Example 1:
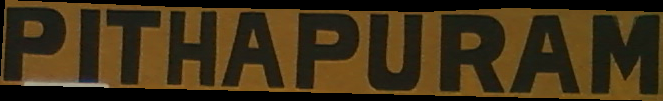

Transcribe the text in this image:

PITHAPURAM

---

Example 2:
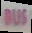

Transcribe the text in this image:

BUS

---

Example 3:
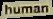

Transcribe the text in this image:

human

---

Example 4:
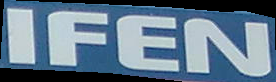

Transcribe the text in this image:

IFEN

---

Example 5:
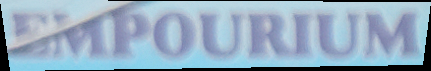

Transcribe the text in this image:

EMPOURIUM